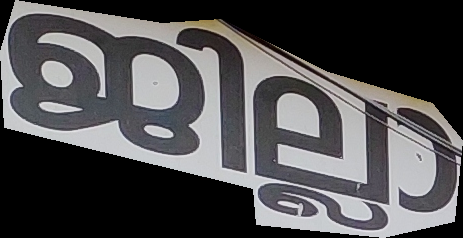
ജില്ലാ